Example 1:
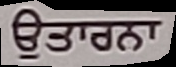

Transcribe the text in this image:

ਉਤਾਰਨਾ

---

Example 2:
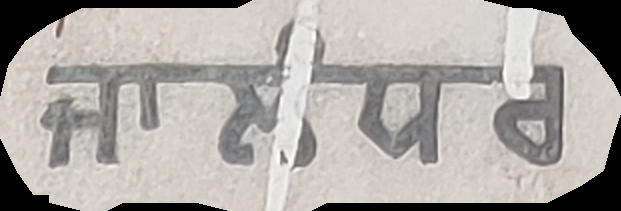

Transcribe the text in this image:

ਜਾਲੰਧਰ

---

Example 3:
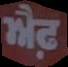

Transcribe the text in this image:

ਐਫ਼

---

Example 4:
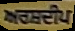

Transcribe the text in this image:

ਅਰਸ਼ਦੀਪ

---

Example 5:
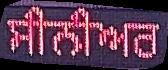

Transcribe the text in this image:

ਸੀਨੀਅਰ